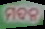
ମଦନ